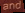
and